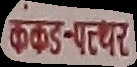
कंकङ-पत्थर